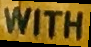
WITH